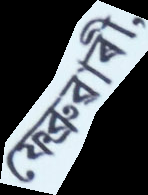
ফেব্রুৱাৰী,